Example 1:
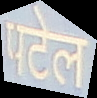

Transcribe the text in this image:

पटेल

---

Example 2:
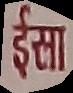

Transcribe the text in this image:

ईसा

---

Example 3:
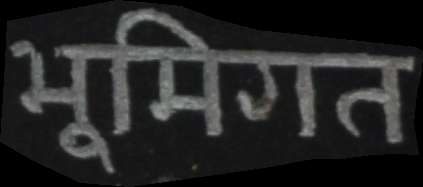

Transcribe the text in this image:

भूमिगत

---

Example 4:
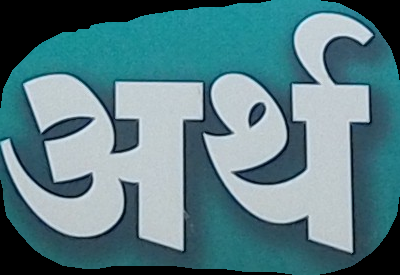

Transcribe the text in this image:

अर्थ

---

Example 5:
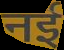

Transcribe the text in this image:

नई